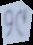
୨୯